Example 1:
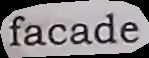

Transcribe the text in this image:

facade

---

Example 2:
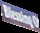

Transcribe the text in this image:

BlessingO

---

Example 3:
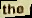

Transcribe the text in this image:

the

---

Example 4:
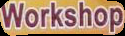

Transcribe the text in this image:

Workshop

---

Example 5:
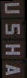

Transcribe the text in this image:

USHA